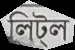
লিট্ল